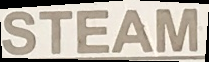
STEAM